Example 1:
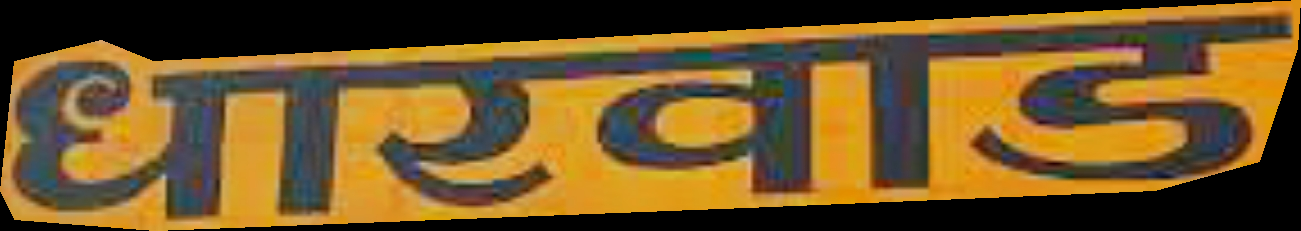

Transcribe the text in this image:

धारवाड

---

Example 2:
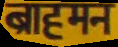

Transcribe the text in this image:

ब्राहमन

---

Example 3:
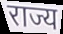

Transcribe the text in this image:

राज्य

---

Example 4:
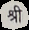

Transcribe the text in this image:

श्री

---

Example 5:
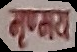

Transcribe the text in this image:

मृण्मय